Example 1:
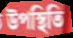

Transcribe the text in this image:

উপস্থিতি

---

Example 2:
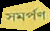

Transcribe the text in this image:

সমৰ্পণ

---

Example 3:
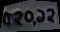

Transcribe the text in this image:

৫২০,১২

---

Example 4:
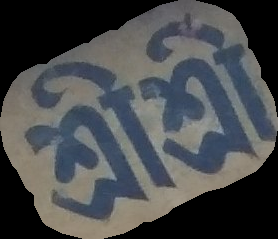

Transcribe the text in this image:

শ্রীশ্রী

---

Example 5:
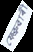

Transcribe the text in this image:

ফেব্ৰুৱাৰী